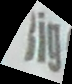
Big